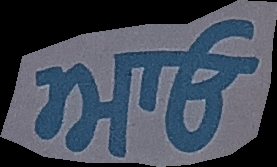
ਆਓਂ